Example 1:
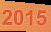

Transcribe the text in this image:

2015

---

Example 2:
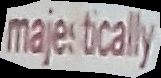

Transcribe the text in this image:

majestically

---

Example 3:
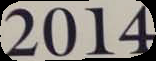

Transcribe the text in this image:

2014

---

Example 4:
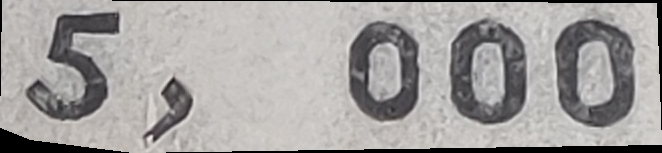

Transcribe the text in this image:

5,000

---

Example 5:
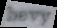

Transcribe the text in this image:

hevy